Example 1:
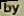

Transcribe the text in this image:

by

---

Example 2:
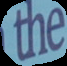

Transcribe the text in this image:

the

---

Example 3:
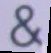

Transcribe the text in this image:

&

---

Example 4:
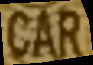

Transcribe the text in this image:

CAR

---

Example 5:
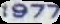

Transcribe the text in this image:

1977